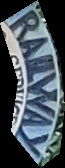
RAILWAY